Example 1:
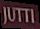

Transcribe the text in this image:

JUTTI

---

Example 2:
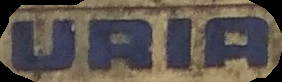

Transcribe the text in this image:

URIA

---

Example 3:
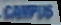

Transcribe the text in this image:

CAMPUS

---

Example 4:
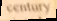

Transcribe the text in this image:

century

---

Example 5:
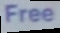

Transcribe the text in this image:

Free